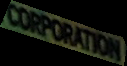
CORPORATION